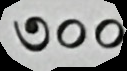
৩০০